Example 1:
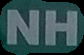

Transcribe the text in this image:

NH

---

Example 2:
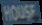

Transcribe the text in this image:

HOUSE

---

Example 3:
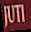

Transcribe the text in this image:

JUTI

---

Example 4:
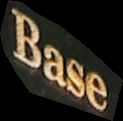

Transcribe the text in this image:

Base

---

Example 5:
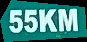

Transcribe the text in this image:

55KM